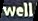
well